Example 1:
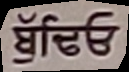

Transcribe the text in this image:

ਬੁੱਢਿਓ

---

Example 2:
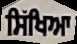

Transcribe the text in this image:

ਸਿੱਖਿਆ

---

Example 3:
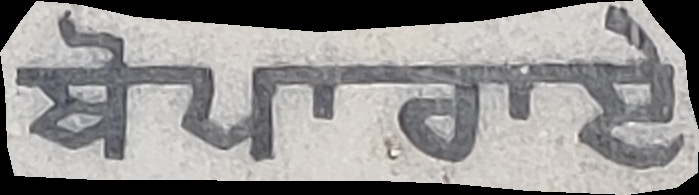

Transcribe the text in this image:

ਬੋਪਾਰਾਏ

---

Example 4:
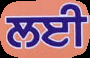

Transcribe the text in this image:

ਲਈ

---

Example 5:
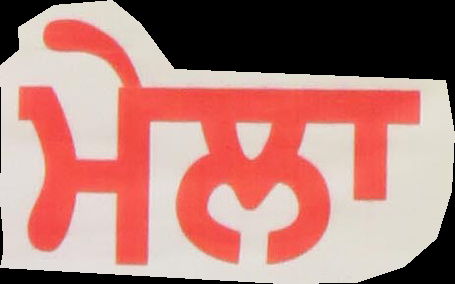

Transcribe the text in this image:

ਮੇਲਾ